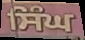
ਸਿੰਘ